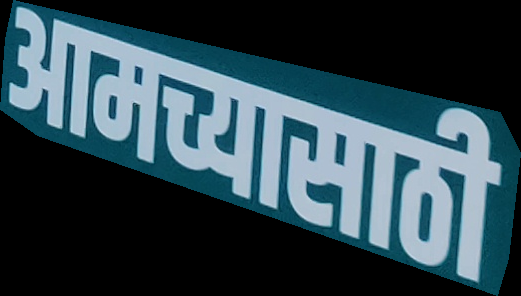
आमच्यासाठी